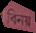
বিনয়